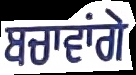
ਬਚਾਵਾਂਗੇ